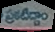
ప్రకటిద్దాం